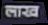
लाख